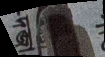
ল-দজা-